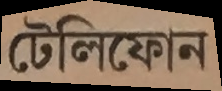
টেলিফোন